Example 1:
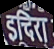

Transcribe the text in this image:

इन्दिरा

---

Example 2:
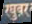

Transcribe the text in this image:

रघुवर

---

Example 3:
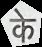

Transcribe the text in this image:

के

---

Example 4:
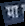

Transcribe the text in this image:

मा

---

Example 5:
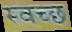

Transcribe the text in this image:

स्वच्छ